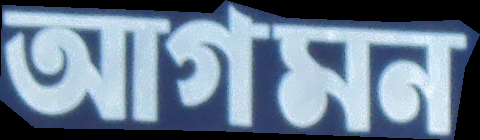
আগমন